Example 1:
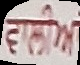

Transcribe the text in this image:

ਵਾਲੀਆਂ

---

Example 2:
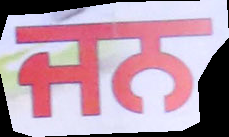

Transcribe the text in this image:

ਜਨ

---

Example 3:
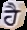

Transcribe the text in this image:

ਹੈ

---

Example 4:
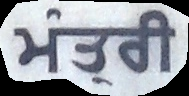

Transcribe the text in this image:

ਮੰਤ੍ਰਰੀ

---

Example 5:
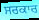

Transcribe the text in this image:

ਸਰਕਾਰ